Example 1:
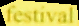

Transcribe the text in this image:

festival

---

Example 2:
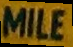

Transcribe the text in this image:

MILE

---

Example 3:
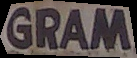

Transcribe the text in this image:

GRAM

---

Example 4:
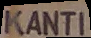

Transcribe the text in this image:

KANTI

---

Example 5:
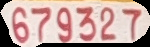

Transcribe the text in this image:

679327